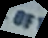
OF